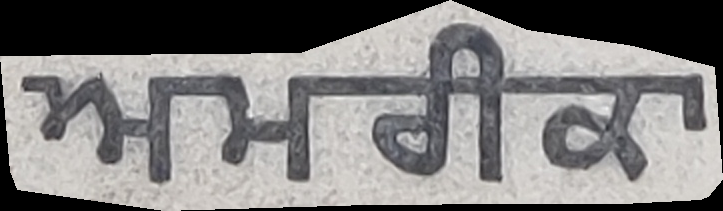
ਅਮਰੀਕਾ